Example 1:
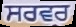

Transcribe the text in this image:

ਸਰਵਰ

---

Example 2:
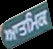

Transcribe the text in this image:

ਆਤਮਿਕ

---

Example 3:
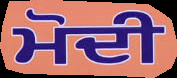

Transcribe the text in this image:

ਮੋਦੀ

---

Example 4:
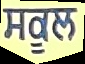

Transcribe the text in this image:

ਸਕੂਲ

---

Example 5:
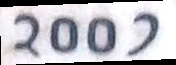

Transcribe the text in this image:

੨੦੦੭